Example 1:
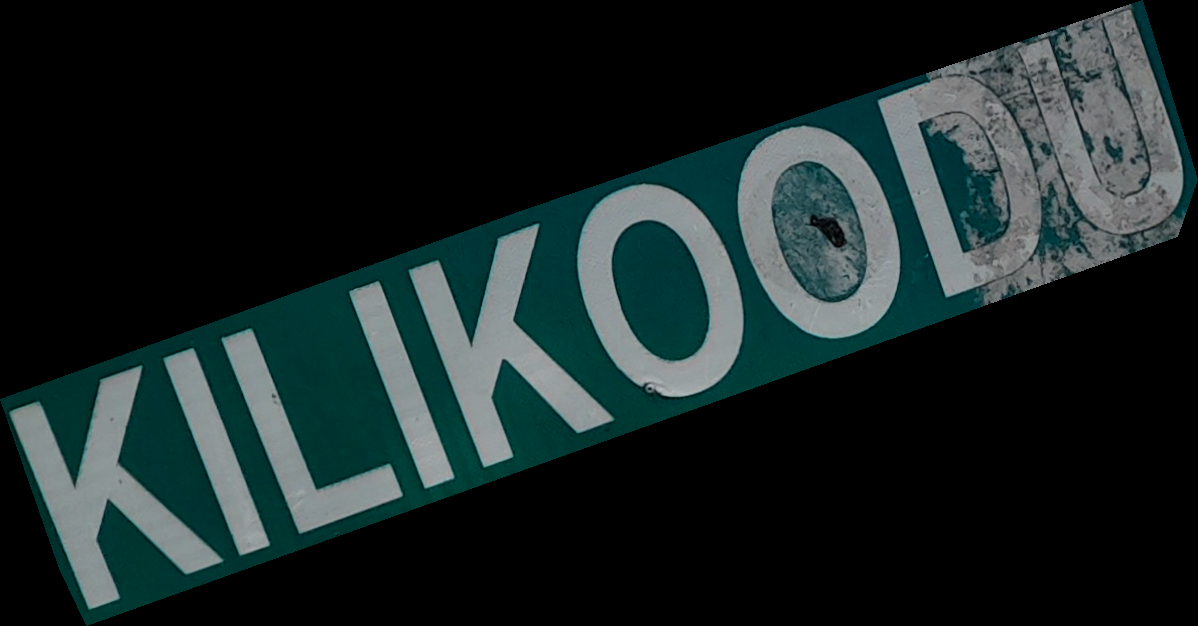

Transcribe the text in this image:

KILIKOODU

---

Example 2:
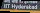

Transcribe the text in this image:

IIT Hyderabad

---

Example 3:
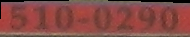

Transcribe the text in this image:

510-0290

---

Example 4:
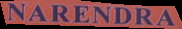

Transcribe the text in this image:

NARENDRA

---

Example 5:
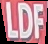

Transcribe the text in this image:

LDF